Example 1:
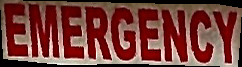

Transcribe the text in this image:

EMERGENCY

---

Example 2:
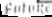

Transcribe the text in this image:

future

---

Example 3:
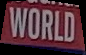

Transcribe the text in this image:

WORLD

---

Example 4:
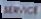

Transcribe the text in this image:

SERVICE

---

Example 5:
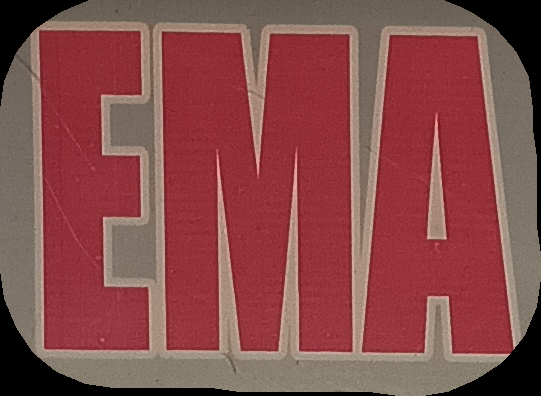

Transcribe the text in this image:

EMA